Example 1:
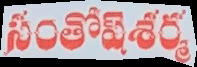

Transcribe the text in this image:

సంతోష్ శర్మ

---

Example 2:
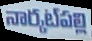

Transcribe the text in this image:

నార్కటిపల్లి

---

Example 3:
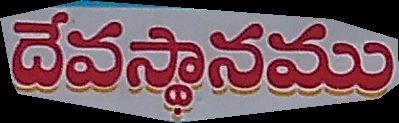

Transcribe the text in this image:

దేవస్థానము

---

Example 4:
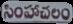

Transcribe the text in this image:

సింహాచలం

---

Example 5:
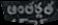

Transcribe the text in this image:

ఆంతర్లత